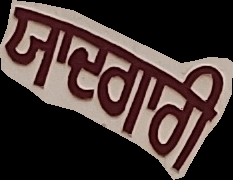
ਯਾਦਗਾਰੀ